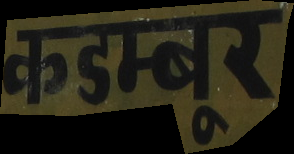
कडम्बूर